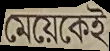
মেয়েরই